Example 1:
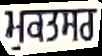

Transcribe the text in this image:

ਮੁਕਤਸਰ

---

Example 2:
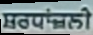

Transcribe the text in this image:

ਥਰਧਾਂਜਲੀ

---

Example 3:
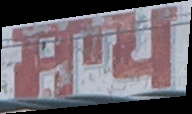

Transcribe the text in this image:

ਸਾਪ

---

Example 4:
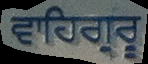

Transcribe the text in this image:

ਵਾਹਿਗੁਰੂ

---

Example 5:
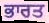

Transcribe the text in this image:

ਭਾਰਤ